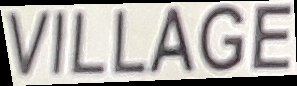
VILLAGE